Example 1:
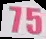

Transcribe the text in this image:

75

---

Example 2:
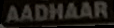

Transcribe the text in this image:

AADHAAR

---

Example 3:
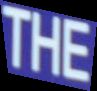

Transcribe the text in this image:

THE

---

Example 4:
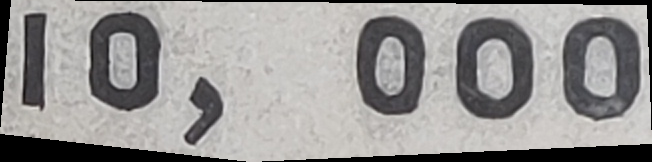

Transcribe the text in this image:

10,000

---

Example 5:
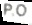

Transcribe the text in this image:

P.O.